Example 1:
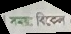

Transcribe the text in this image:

সময়ঃবিকেল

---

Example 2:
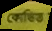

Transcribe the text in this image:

কোডিত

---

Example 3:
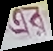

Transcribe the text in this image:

এর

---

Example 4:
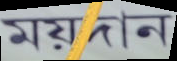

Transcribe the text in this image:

ময়দান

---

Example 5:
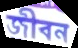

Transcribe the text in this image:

জীবন